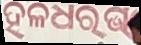
ହଳଧର ଭ